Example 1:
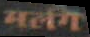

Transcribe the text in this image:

मलंग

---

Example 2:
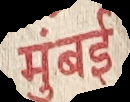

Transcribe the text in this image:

मुंबई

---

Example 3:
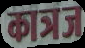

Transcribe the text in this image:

कात्रज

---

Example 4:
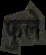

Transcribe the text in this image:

फुले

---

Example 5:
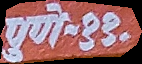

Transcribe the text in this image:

पुणे-१९.